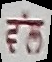
ਵੱਲ